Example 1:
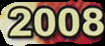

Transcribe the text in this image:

2008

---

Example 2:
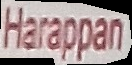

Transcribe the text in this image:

Harappan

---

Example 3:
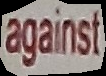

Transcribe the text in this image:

against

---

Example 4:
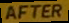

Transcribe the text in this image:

AFTER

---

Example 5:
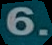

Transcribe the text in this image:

6.